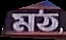
মঠ,